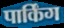
पार्किंग